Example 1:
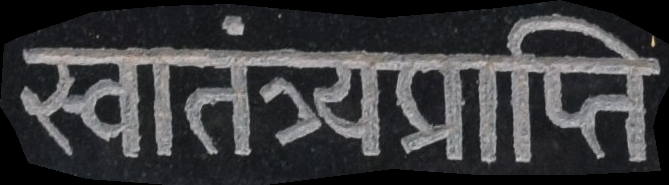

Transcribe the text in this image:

स्वातंत्र्यप्राप्ति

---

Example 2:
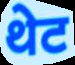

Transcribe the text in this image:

थेट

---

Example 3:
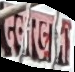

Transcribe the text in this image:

दवाखाना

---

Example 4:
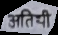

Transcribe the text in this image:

अतिथी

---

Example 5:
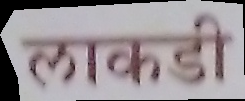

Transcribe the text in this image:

लाकडी